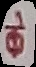
के